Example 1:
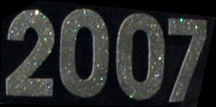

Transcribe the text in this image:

2007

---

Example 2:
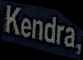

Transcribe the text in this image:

Kendra,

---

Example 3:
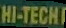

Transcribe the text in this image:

HI-TECH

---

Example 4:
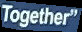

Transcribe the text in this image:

Together"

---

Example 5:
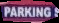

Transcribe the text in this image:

PARKING